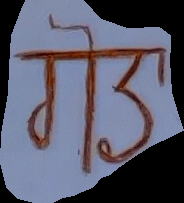
ਗੋਡਾ